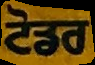
ਟੋਡਰ